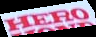
HERO